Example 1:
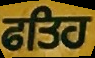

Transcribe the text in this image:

ਫਤਿਹ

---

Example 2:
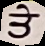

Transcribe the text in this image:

ਤੇ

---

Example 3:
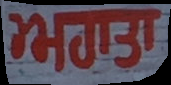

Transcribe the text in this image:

ਅਹਾਤਾ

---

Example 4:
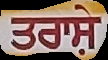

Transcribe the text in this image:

ਤਰਾਸ਼ੇ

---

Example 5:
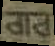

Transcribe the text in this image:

ਗਰ